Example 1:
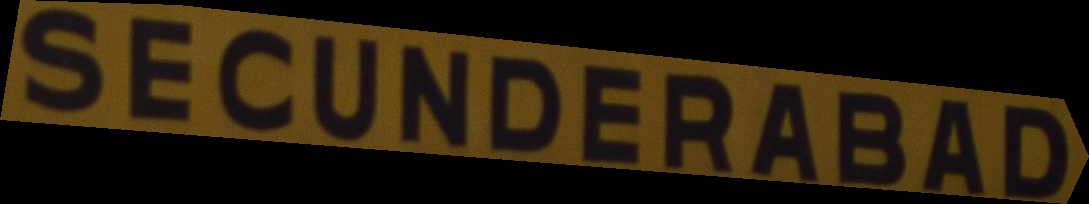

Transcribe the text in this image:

SECUNDERABAD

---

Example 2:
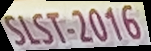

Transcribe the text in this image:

SLST-2016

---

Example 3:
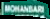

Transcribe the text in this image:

MOHANBARI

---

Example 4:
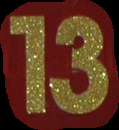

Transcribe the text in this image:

13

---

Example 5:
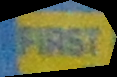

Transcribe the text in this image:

FIRST